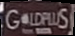
GOLDPWS